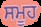
ਸਮੂਹ